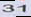
31